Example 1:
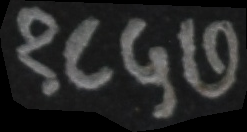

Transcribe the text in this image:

१८५७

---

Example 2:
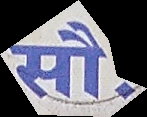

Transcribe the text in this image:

सौ.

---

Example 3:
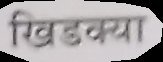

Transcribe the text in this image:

खिडक्या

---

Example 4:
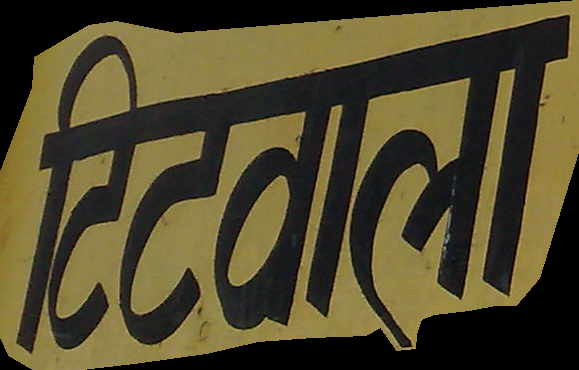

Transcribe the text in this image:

टिटवाला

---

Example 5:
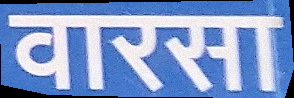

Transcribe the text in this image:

वारसा